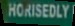
HORISEDLY